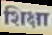
शिक्षा